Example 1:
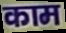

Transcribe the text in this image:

काम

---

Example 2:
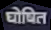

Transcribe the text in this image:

घोषित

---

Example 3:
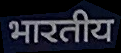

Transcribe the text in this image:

भारतीय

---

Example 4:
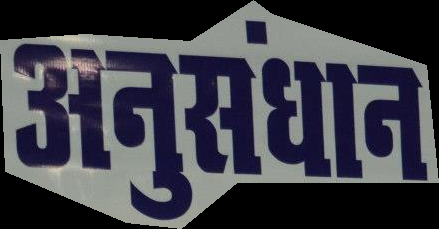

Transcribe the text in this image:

अनुसंधान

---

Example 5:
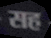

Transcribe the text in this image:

सह